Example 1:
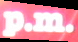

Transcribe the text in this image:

p.m.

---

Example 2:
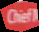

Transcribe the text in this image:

Chief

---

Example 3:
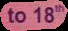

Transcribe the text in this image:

to18th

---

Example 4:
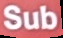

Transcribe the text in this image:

Sub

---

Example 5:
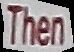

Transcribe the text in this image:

Then